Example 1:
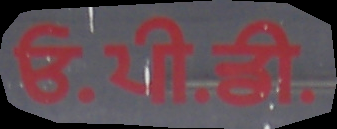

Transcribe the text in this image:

ਓ.ਪੀ.ਡੀ.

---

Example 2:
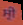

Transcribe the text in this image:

ਸ੍ਰੀ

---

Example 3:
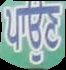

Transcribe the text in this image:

ਪਾਉਣ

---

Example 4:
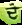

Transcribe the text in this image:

ਦੇ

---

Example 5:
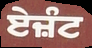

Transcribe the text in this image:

ਏਜ਼ੰਟ